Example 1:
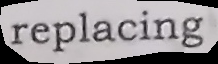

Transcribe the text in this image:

replacing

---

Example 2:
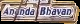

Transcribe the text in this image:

Ananda Bhavan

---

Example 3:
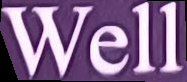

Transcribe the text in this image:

Well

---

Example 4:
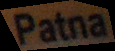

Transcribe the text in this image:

Patna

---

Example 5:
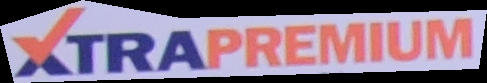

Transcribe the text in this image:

XTRAPREMIUM